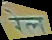
रेल